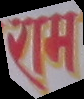
राम